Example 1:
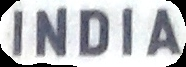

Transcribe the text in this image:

INDIA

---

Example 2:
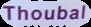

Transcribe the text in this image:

Thoubal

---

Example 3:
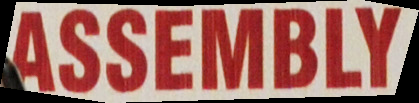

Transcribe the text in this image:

ASSEMBLY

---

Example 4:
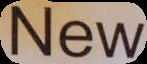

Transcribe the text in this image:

New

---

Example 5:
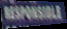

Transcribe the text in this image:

RESPONSIBLE